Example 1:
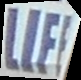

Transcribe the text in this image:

LIFE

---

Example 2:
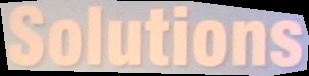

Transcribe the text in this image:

Solutions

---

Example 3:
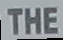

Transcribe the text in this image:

THE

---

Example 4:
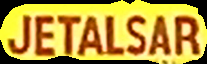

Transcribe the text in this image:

JETALSAR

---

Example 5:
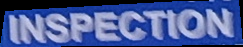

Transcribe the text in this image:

INSPECTION